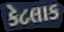
કે૮લાક